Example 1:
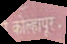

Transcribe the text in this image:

कोल्हापूर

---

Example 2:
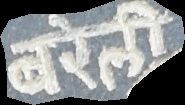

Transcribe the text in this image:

बरेली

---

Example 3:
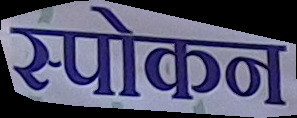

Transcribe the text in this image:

स्पोकन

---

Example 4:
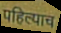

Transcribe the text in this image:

पहिल्याच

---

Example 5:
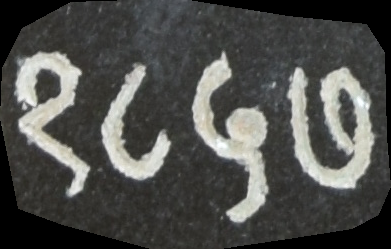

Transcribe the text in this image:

१८५७